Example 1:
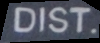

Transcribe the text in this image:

DIST.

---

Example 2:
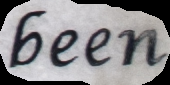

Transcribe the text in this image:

been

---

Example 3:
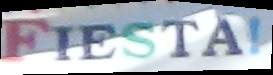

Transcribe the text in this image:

FIESTA!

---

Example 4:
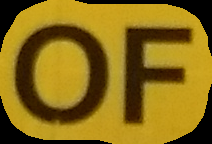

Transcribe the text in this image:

OF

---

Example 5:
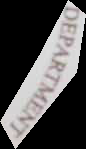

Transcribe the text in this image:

DEPARTMENT